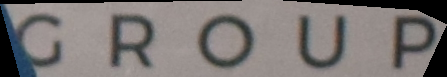
GROUP